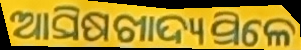
ଆସିଷଖାଦ୍ୟ ମିଳେ